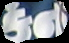
કત